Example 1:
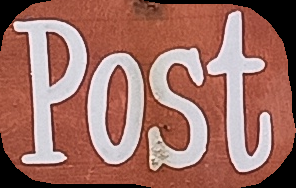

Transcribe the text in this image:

Post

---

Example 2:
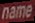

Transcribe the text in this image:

name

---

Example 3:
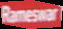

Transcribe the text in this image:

Rameswar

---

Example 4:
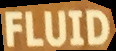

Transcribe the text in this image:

FLUID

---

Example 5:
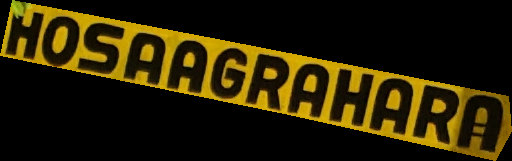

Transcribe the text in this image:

HOSAAGRAHARA